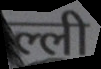
ल्ली